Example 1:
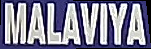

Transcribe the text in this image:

MALAVIYA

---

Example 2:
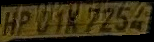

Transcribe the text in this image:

HPU1K7254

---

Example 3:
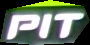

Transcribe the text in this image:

PIT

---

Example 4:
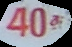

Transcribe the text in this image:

40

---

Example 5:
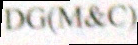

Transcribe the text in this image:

DG(M&C)